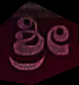
ಶ್ರೀ